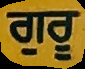
ਗੁਰੂ